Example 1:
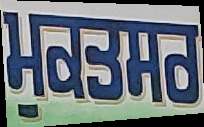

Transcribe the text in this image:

ਮੁਕਤਸਰ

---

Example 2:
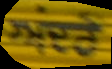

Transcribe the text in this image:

ਅਂਦਟੇ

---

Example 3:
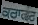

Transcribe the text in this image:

ਕਰਾਫਟ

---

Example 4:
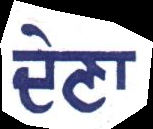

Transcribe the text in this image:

ਦੇਣਾ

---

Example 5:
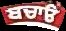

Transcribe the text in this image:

ਥਚਾਓ